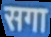
सगा